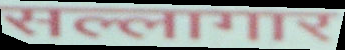
सल्लागार